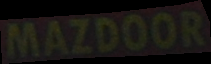
MAZDOOR